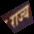
राज्‍य